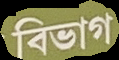
বিভাগ